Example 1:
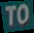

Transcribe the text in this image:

TO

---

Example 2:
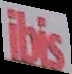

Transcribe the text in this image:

ibis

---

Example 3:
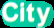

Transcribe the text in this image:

City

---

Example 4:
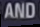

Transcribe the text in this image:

AND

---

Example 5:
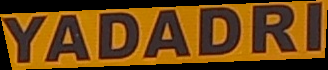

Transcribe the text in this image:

YADADRI